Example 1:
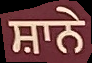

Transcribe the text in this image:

ਸ਼ਾਨੇ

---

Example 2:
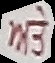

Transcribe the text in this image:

ਅਤੇ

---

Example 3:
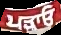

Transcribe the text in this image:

ਪੜਾਓ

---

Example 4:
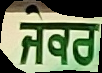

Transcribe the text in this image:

ਜੇਕਰ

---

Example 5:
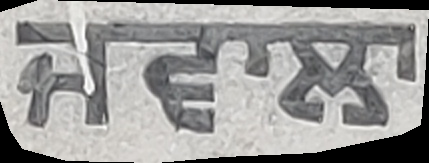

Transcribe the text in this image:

ਜਵਾਲਾ